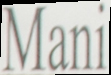
Mani